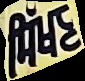
ਸਿੱਖਣ